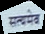
सत्यमेव